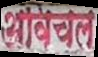
अविचल